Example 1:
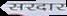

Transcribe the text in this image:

सरदार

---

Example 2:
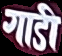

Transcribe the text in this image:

गाडी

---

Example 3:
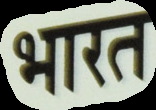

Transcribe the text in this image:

भारत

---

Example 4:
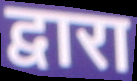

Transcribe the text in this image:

द्वारा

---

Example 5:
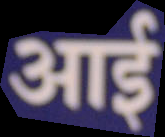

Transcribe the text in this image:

आईं